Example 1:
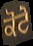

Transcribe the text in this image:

ਕੋਟੇ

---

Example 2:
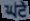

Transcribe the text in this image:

ਘਟੇ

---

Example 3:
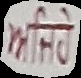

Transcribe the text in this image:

ਅਜਿਹੇ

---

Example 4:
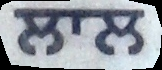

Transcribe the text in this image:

ਲਾਲ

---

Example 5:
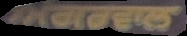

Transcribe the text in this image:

ਅਗਰਵਾਲ